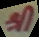
શ્રી